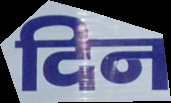
दिन